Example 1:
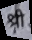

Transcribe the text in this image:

श्री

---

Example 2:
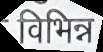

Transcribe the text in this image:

विभिन्न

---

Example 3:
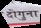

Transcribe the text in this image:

दोगुना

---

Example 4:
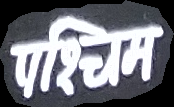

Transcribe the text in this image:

पश्चिम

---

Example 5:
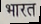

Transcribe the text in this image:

भारत